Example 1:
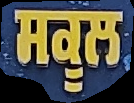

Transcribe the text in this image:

ਸਕੂਲ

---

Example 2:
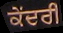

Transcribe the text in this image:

ਕੇਂਦਰੀ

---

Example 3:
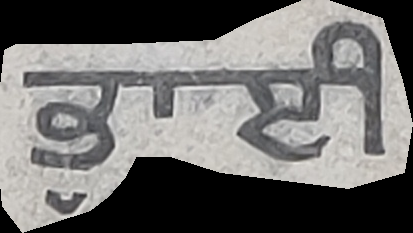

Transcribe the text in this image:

ਭੁਾਈ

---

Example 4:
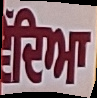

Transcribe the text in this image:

ਦਿਆ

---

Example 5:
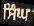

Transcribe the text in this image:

ਸਿੰਘ